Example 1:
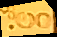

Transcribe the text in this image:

లం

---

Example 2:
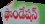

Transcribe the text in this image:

ఫౌండేషన్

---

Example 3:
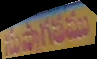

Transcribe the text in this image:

సుసాగతము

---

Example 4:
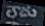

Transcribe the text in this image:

లైమ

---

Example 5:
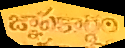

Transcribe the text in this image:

జ్ఞాపకార్ధం